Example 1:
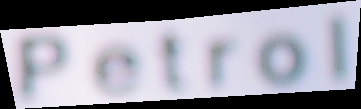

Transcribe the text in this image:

Petrol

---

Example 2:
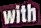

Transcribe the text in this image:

with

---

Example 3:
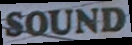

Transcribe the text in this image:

SOUND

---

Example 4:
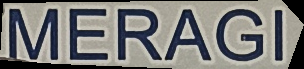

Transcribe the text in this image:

MERAGI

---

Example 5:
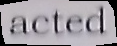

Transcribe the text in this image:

acted